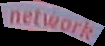
network